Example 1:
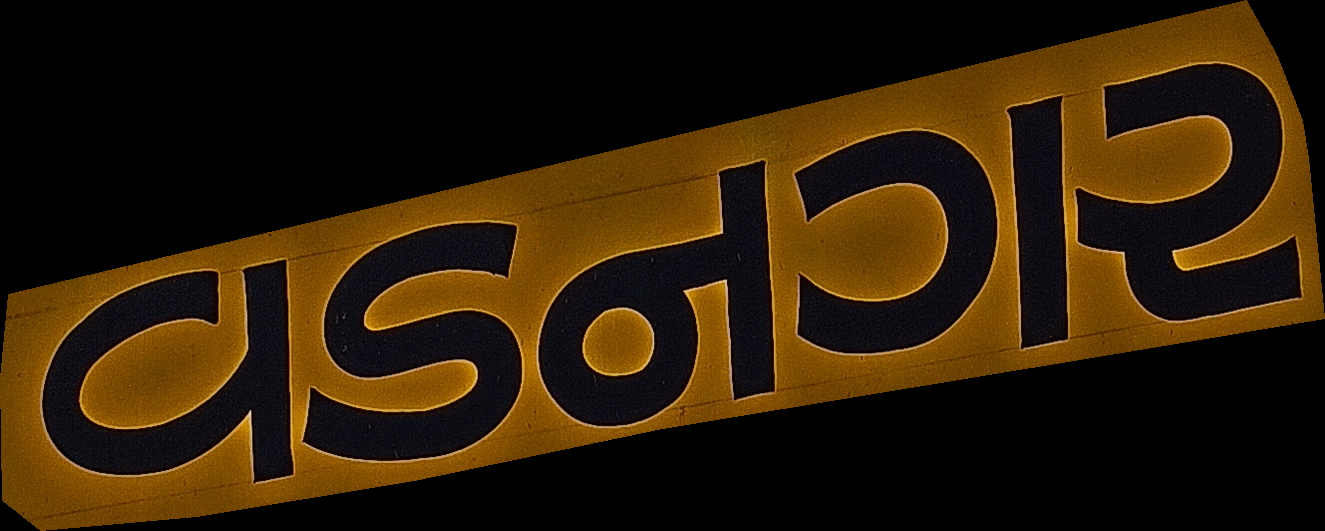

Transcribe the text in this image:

વડનગર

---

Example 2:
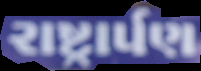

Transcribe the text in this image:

રાષ્ટ્રાર્પણ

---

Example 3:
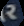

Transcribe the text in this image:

ર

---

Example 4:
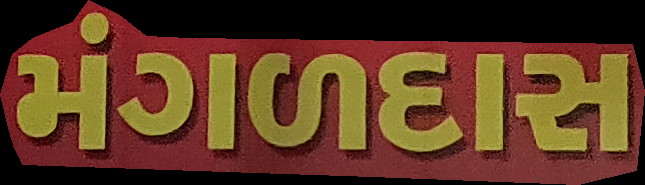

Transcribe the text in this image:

મંગળદાસ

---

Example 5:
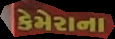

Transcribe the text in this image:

કેમેરાના